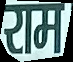
राम